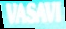
VASAVI